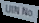
UINNo